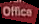
Office